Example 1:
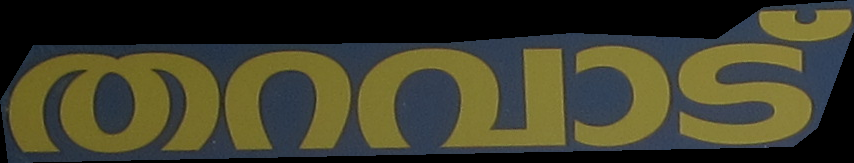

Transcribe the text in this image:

തറവാട്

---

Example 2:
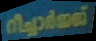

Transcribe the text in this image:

റീച്ചാർജ്ജ്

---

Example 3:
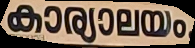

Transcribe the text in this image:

കാര്യാലയം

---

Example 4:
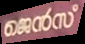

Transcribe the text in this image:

ജെൻസ്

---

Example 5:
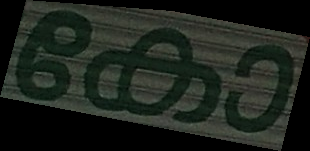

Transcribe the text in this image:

കോ